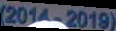
(2014-2019)